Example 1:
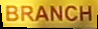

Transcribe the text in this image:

BRANCH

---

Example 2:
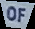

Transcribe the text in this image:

OF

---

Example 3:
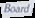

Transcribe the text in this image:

Board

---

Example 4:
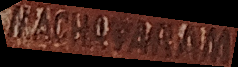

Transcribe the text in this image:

MACHAVARAM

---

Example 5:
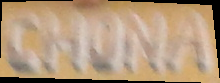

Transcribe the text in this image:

CHONA